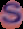
S